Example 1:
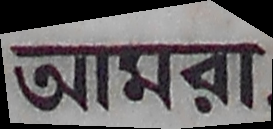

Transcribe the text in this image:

আমরা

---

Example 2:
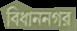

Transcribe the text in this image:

বিধাননগর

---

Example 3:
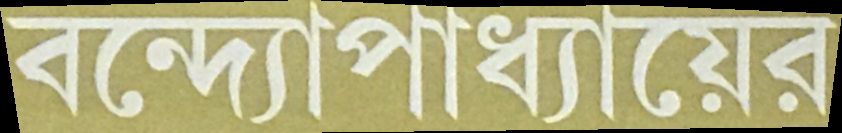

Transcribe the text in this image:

বন্দ্যোপাধ্যায়ের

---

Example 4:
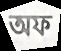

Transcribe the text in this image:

অফ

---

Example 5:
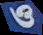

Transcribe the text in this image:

ও